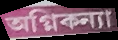
অগ্নিকন্যা